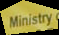
Ministry